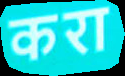
करा